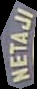
NETAJI